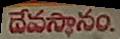
దేవస్థానం.